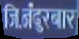
जि.नंदुरबार